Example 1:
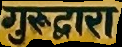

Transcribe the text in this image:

गुरूद्वारा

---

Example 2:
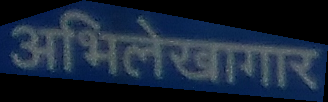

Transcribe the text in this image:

अभिलेखागार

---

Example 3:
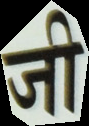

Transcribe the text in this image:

ज़ी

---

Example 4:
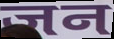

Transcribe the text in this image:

न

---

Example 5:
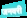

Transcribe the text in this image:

जनवरी